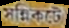
সন্নিকটে